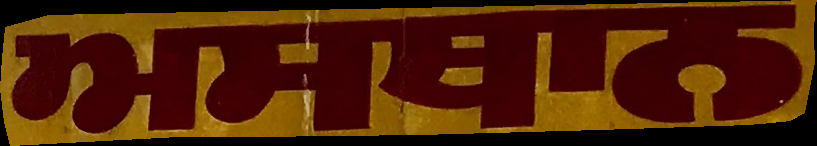
ਅਸਥਾਨ